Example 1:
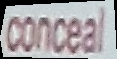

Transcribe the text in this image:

conceal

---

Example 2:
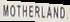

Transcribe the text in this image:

MOTHERLAND.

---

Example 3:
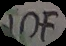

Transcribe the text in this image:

OF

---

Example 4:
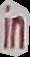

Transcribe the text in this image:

in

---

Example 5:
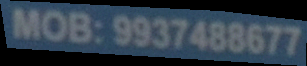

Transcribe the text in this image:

MOB:9937488677